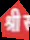
श्री